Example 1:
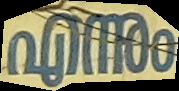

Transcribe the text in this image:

എന്നും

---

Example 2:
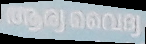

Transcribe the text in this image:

ആര്യവൈദ്യ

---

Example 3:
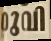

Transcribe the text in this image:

റൂവി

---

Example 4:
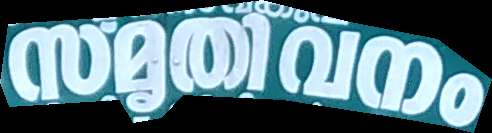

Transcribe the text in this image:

സ്മൃതി വനം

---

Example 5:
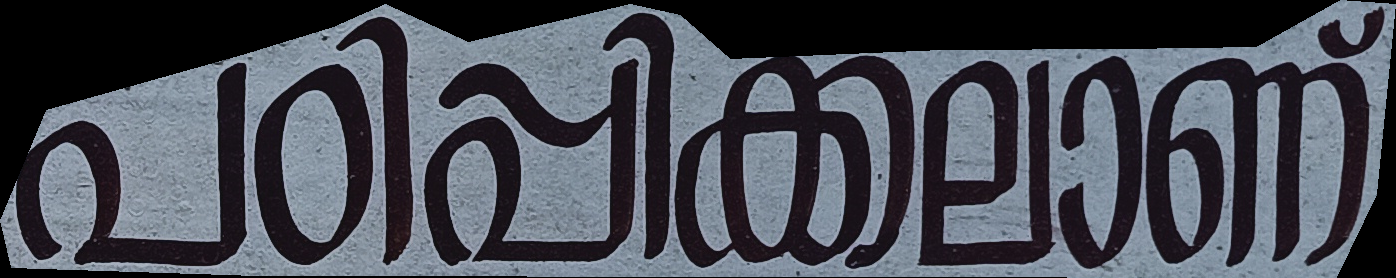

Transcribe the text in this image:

പഠിപ്പിക്കലാണ്